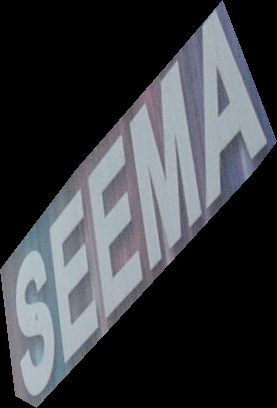
SEEMA